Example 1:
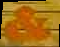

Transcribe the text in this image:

&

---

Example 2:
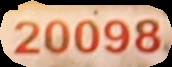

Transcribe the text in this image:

20098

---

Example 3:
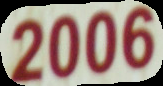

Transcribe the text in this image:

2006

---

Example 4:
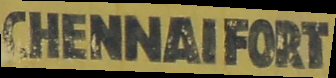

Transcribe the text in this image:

CHENNAIFORT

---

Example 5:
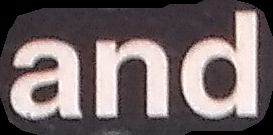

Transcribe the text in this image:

and